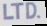
LTD.